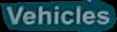
Vehicles